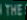
THE